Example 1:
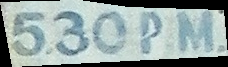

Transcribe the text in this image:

530PM.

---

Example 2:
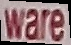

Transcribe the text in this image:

ware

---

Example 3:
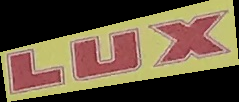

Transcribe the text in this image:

LUX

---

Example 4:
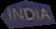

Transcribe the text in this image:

INDIA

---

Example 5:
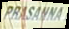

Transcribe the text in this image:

PRASANNA